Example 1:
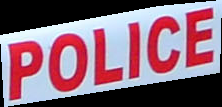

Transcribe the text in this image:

POLICE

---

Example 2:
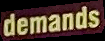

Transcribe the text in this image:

demands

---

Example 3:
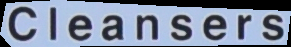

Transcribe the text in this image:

Cleansers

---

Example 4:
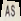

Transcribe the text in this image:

AS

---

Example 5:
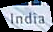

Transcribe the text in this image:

India